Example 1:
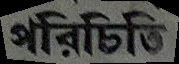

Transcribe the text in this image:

পরিচিতি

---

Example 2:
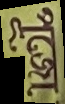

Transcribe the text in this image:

পূজো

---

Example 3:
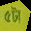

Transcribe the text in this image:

৫টা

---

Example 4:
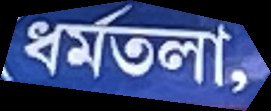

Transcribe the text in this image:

ধর্মতলা,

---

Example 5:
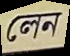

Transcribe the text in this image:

লেন